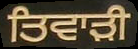
ਤਿਵਾੜੀ